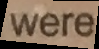
were